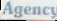
Agency